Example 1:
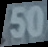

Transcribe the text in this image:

50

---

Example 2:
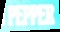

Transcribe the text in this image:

PEPPER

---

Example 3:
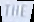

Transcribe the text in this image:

THE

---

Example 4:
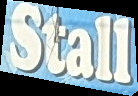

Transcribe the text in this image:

Stall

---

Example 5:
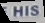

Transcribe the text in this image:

HIS